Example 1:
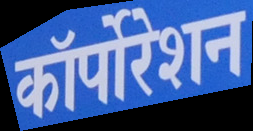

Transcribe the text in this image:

कॉर्पोरेशन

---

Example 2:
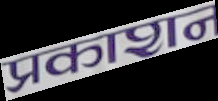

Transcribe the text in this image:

प्रकाशन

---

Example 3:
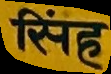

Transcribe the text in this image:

सिंह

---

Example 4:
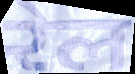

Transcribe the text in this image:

रेल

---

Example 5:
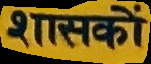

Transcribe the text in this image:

शासकॊं